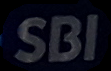
SBI